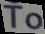
To